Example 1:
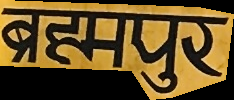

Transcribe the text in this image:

ब्रह्मपुर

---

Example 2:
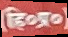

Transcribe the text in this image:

हि०प्र०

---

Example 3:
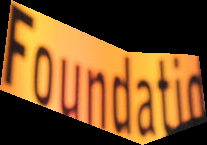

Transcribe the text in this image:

२०००००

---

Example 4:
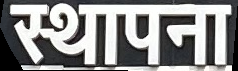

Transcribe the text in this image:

स्थापना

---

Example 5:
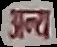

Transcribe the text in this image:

अन्य